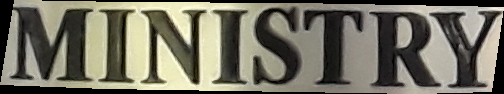
MINISTRY